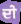
ਦੀ